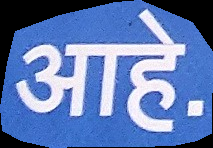
आहे.